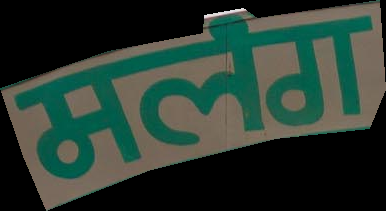
मलंग